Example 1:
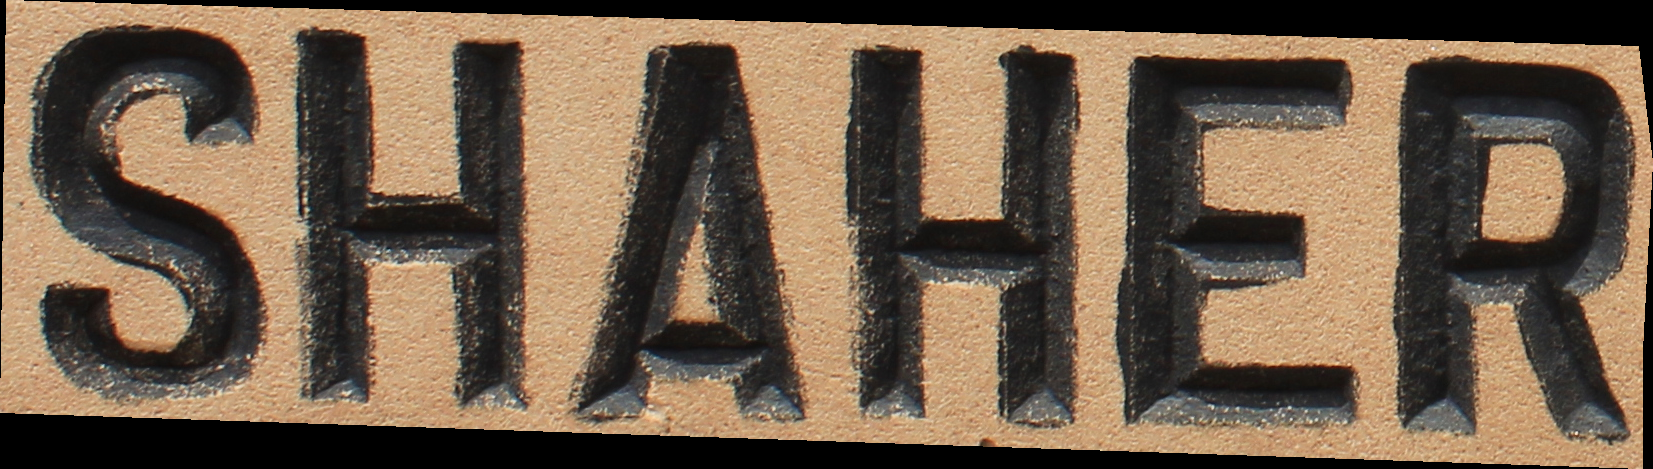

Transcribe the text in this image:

SHAHER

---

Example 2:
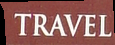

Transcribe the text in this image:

TRAVEL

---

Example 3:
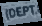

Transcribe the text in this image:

(DEPT.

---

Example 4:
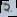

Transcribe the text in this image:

2.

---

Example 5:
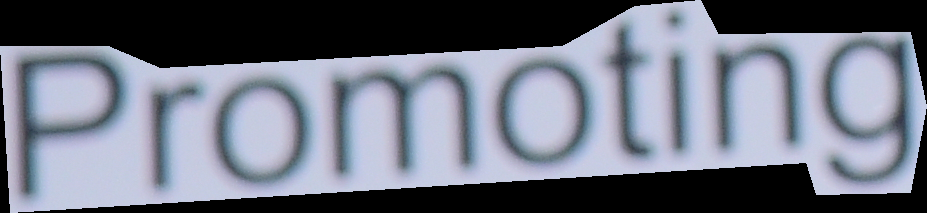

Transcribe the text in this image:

Promoting